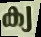
ക്യ